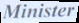
Minister